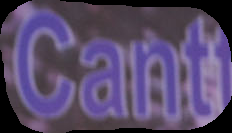
Cantt